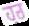
ਹਰ